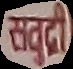
सतुद्री